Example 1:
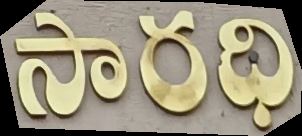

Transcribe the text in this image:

సారధి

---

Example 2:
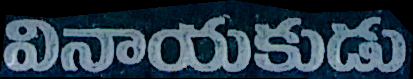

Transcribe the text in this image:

వినాయకుడు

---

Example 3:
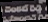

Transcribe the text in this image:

వెంకట్ రెడ్డి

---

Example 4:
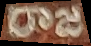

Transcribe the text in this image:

రాజ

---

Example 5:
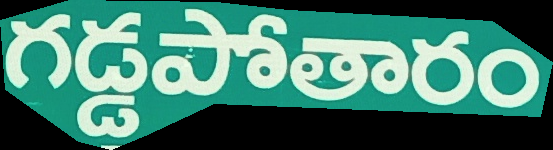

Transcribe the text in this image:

గడ్డపోతారం